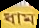
ধাম